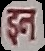
इन